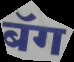
बॅग